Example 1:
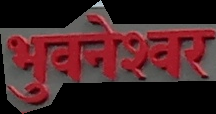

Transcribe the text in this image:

भुवनेश्‍वर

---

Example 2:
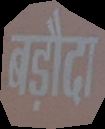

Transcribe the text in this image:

बड़ौदा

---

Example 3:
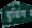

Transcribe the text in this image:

बुकिंग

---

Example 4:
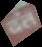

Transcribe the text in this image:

बंल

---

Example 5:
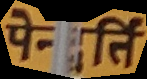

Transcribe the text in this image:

पेन्दुर्ति